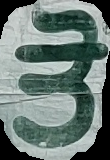
ਤੋ